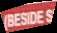
(BESIDES